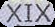
XIX